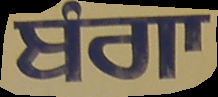
ਬੰਗਾ